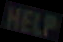
HELP